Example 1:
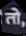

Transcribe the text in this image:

तो,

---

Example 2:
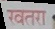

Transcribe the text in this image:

खतरा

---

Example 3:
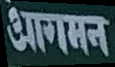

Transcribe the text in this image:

आगमन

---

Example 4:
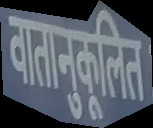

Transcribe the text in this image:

वातानुकूलित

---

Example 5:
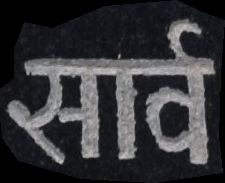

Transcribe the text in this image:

सार्व